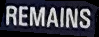
REMAINS